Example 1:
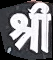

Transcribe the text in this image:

श्री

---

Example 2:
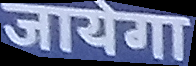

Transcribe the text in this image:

जायेगा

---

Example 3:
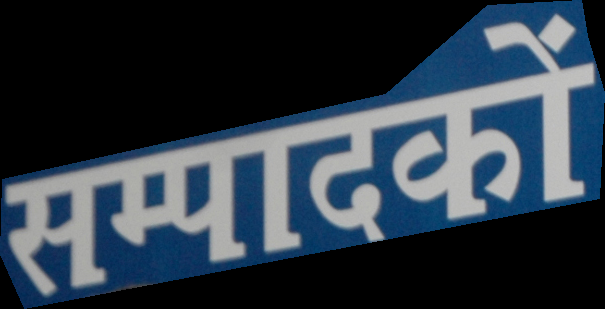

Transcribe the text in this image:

सम्पादकों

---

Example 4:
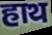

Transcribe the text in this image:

हाथ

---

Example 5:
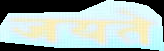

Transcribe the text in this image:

जयते